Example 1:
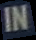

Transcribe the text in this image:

IN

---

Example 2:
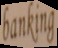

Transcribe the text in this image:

banking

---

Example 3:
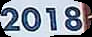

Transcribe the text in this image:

2018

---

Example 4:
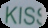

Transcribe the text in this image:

KISS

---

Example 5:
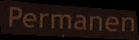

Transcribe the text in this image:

Permanen